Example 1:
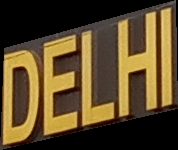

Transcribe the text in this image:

DELHI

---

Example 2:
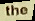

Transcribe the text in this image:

the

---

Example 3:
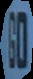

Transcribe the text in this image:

GO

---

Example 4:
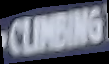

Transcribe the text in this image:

CLIMBING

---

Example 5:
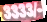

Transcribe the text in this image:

3333/-